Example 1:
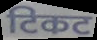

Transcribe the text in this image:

टिकट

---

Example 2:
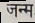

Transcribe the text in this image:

जन्म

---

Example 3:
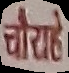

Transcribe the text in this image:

चौराहे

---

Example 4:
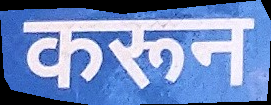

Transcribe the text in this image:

करून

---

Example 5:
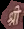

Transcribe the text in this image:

श्री